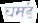
घमंड